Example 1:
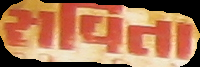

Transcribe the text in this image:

સવિતા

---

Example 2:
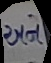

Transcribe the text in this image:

અને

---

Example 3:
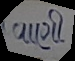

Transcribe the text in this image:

વાણી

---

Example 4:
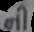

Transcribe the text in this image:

ની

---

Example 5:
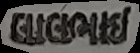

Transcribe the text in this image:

લાલભાઈ